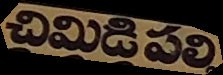
చిమిడిపలి